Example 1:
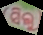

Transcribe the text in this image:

ସିଲୁ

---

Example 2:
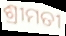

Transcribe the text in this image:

ଶ୍ରୀମତୀ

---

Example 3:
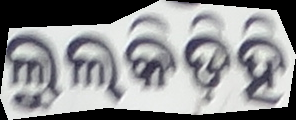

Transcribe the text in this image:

ଲୁଲକିଡ଼ିହି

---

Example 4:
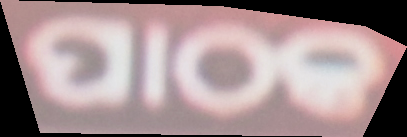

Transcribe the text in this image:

ପାଠକ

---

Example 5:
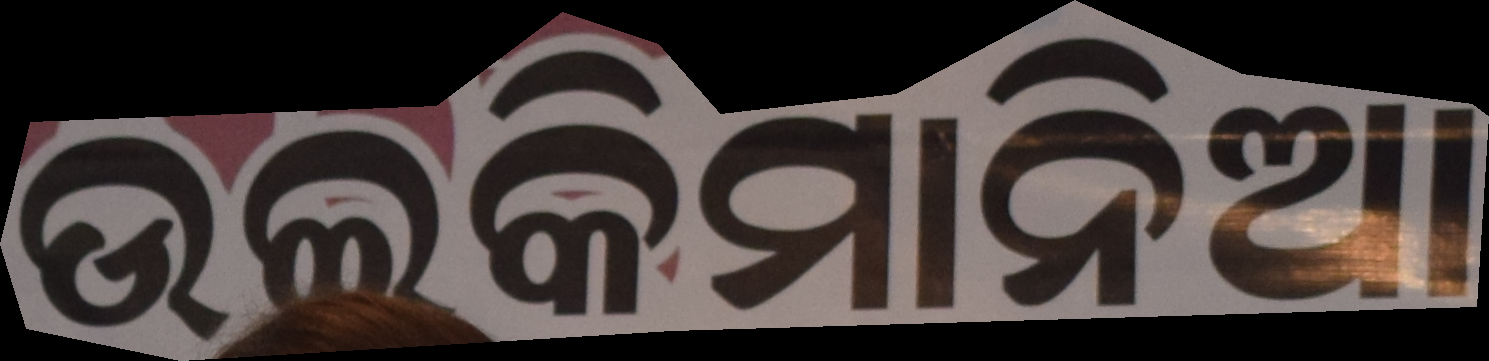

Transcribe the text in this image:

ଉଇକିମାନିଆ